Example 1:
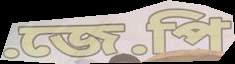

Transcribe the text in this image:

জে.পি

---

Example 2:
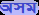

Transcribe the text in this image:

অসম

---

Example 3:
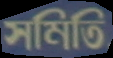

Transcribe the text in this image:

সমিতি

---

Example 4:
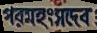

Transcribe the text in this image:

পরমহংসদেব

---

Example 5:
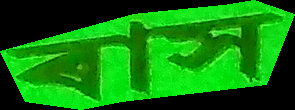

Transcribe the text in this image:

ৰাস